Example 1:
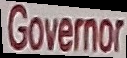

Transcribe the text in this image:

Governor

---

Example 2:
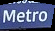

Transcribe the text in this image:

Metro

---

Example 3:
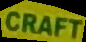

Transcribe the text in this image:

CRAFT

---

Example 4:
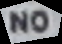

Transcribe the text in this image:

NO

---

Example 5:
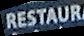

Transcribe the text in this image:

RESTAUR